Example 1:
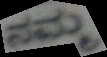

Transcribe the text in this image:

ನಮ್ಮ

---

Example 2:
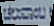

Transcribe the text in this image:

ಚಲುವಾಂಬ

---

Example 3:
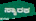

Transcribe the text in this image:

ಸ್ಯಾರಕ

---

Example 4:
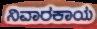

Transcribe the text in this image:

ನಿವಾರಕಾಯ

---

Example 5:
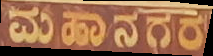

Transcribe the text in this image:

ಮಹಾನಗರ